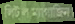
লিট্ল ম্যাগাজিন